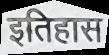
इतिहास